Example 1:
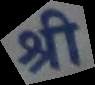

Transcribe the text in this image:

श्री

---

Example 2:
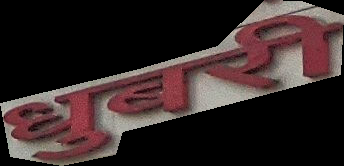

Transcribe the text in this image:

धुबरी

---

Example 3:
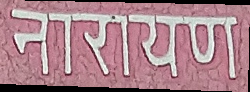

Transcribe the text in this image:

नारायण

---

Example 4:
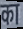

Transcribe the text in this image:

का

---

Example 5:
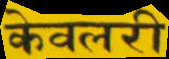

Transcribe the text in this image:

केवलरी